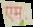
एम